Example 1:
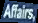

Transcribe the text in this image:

Affairs,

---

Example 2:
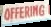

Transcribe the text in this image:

OFFERING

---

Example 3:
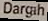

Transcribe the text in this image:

Dargah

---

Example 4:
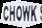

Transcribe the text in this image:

CHOWK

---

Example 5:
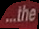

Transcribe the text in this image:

...the